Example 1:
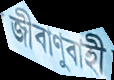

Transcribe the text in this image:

জীবাণুবাহী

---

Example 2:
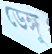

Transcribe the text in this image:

ডেঙ্গু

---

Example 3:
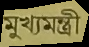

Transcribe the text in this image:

মুখ্যমন্ত্রী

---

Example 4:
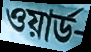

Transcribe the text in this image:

ওয়ার্ড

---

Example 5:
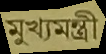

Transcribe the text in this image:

মুখ্যমন্ত্রী